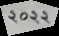
২০২২